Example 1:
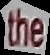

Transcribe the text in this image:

the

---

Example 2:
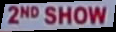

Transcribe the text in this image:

2NDSHOW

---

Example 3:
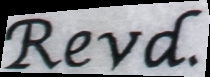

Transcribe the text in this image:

Revd.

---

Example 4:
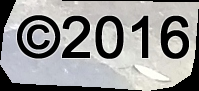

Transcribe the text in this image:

©2016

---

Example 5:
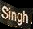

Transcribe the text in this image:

Singh.